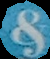
&